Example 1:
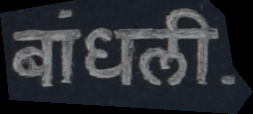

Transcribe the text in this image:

बांधली.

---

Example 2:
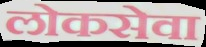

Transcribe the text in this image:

लोकसेवा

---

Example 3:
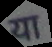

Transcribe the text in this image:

या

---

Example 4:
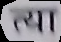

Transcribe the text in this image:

त्या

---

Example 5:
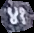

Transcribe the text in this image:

४१